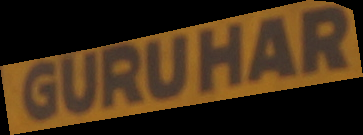
GURUHAR